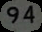
94